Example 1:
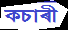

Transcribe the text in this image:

কচাৰী৷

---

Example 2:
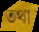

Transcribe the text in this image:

তথা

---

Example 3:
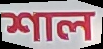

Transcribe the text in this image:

শাল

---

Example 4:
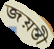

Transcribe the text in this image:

জয়ন্তী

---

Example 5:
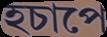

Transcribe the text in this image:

হচাপে